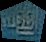
പള്ള